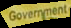
Government